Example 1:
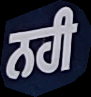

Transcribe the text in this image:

ਨਹੀ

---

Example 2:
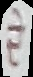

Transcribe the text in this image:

ਦੇ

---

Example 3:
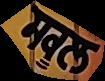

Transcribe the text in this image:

ਸਕੂਲ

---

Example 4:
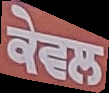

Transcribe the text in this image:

ਕੇਵਲ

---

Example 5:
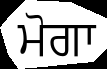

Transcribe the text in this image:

ਮੋਗਾ